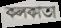
কলকাতা